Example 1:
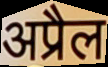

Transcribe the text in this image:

अप्रैल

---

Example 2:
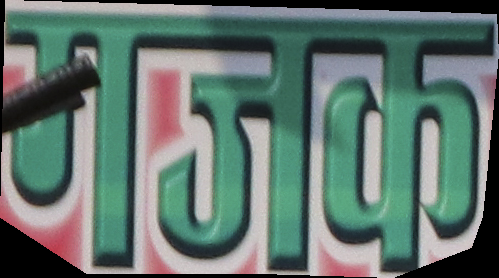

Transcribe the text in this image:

गजक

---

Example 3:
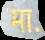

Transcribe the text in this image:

मा.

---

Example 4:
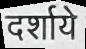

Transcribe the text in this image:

दर्शाये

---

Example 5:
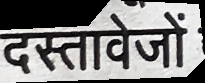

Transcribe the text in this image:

दस्तावेजों